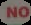
NO